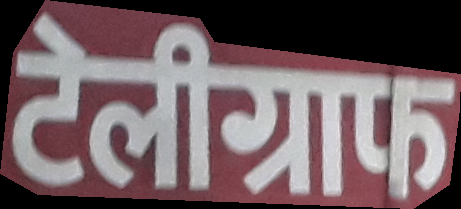
टेलीग्राफ